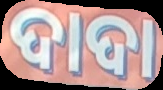
ଦାଦା